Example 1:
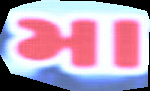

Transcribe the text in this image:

મા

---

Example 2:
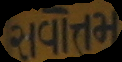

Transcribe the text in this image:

સર્વોત્તમ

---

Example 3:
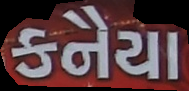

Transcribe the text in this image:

કનૈયા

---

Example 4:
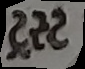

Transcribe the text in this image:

ટ્રસ્ટ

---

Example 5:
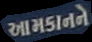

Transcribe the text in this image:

આમકાનને